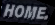
HOME,